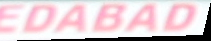
EDABAD